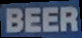
BEER